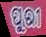
ପୁରୀ